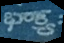
భార్య: